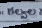
కల్వల